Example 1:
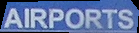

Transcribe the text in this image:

AIRPORTS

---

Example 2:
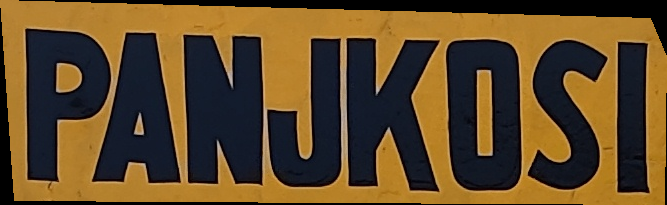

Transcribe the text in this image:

PANJKOSI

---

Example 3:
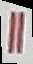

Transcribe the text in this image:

II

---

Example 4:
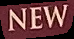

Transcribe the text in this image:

NEW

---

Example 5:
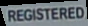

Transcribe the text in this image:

REGISTERED